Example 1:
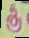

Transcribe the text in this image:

శ్రీ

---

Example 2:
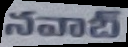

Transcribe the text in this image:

నవాబ్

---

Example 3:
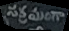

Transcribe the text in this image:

నక్రమంగా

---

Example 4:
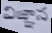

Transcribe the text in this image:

విజ్ఞాన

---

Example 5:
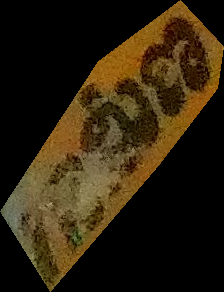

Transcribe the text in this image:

గామీణ